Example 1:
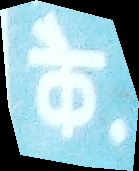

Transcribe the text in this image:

कै.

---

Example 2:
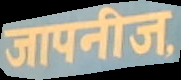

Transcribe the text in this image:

जापनीज,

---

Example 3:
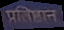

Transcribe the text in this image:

प्रतिष्ठान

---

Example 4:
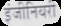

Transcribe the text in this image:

इंजीनियरी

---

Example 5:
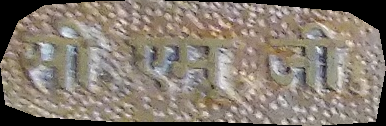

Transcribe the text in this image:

सी.एम.जी.